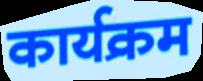
कार्यक्रम